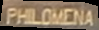
PHILOMENA